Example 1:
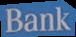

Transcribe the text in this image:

Bank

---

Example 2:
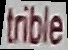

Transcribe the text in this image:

trible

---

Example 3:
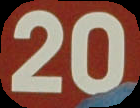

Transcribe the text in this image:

20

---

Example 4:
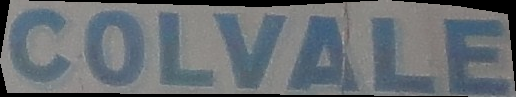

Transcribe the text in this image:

COLVALE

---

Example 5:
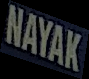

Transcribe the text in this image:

NAYAK